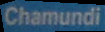
Chamundi